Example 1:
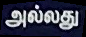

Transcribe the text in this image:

அல்லது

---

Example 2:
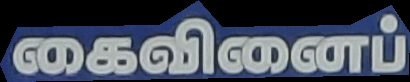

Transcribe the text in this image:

கைவினனப்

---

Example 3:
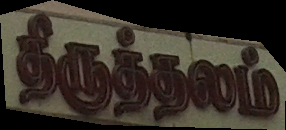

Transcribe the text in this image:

தீருத்தலம்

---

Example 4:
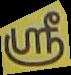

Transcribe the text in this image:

ஸ்ரீ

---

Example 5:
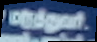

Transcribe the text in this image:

ம௫த்துவர்